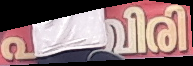
പവിരി